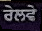
ਰੇਲਵੇ